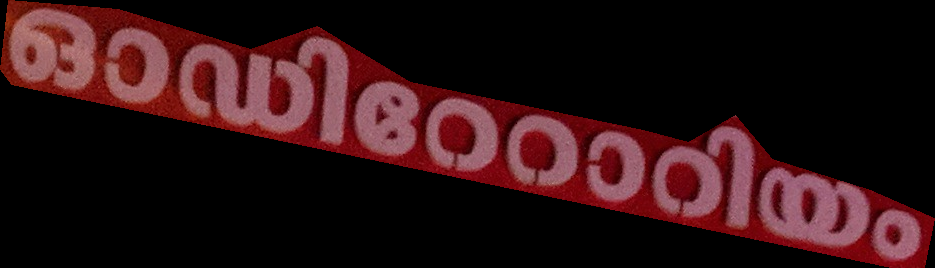
ഓഡിറേറാറിയം